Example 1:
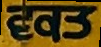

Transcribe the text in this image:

ਵਕਤ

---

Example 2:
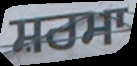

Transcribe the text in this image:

ਸ਼ਰਮਾ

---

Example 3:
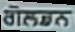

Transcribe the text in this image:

ਗੋਲਡਨ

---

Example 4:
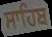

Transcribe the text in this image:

ਸਾਹਿਬ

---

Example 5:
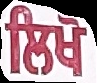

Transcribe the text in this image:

ਲਿਖੇ